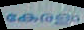
കേരളം